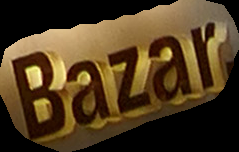
Bazar